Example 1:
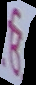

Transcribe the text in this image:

ਓ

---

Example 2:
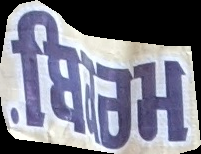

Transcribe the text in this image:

ਬਿਕਰਮ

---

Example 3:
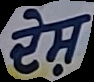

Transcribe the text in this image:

ਦੇਸ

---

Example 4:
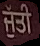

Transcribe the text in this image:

ਜੁੱਈ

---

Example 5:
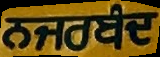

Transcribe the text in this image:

ਨਜਰਬੰਦ